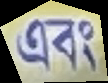
এবং